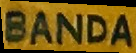
BANDA